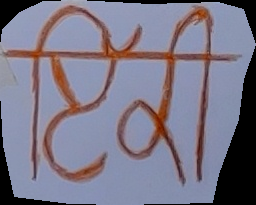
ਇੱਕੀ